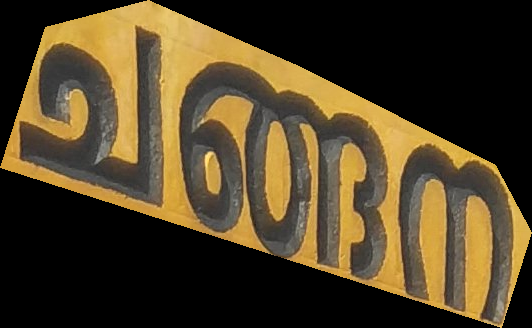
ചങ്ങന